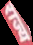
राज्य